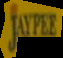
JAYPEE